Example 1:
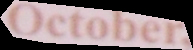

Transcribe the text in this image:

October,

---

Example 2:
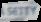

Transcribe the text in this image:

SETTY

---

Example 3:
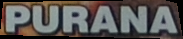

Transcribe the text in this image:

PURANA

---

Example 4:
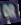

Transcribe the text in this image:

OR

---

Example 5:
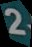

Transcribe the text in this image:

2